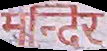
मन्दिर